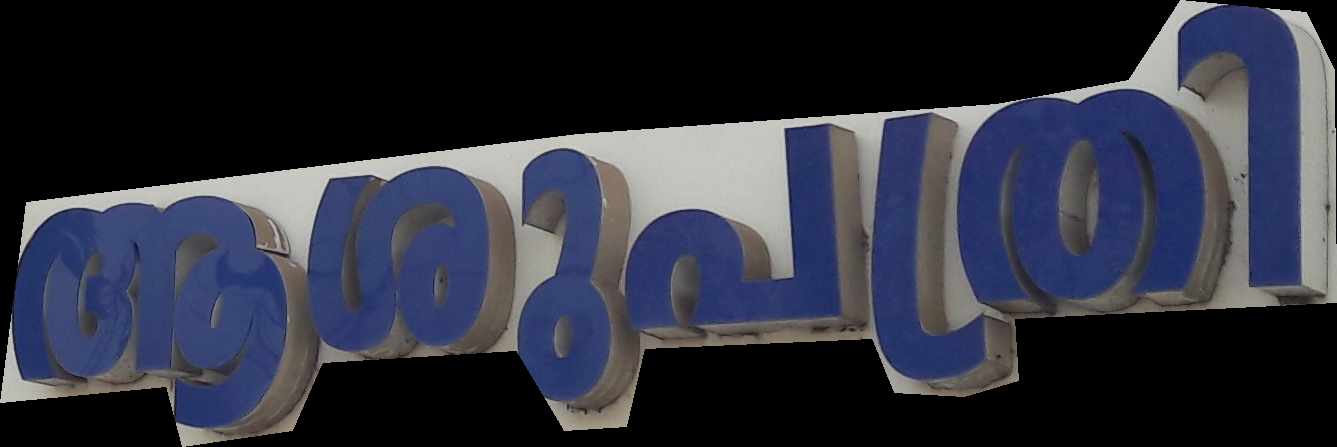
ആശുപത്രി